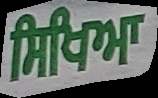
ਸਿਖਿਆ